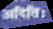
अदितिः